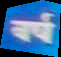
वर्ष